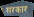
सरकार